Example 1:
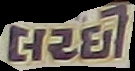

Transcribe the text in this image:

લચ્ઘી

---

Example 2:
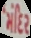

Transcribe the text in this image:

મંદિર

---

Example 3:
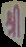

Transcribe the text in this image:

શ્રી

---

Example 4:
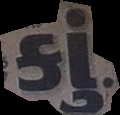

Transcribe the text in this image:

કાું.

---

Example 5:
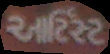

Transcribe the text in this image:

આર્ટિસ્ટ